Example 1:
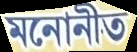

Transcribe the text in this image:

মনোনীত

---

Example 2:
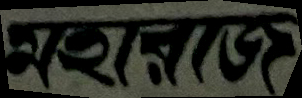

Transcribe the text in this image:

মহারাজ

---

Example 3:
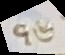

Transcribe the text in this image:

৭৬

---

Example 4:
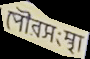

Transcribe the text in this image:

পৌরসংস্থা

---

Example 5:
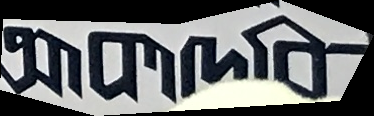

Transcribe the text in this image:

আকাদেরি